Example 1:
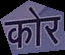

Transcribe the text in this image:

कोर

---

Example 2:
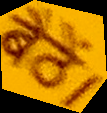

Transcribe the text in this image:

बैठें।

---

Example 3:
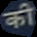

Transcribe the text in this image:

की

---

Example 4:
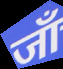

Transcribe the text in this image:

जाँ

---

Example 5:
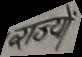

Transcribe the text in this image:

राज्यों